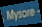
Mysore